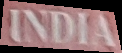
INDIA